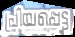
പ്രിയപ്പെട്ട